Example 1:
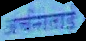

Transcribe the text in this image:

अर्चनाबाई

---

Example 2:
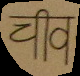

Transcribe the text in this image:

चीव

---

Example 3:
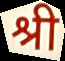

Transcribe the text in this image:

श्री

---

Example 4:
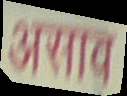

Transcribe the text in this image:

असाव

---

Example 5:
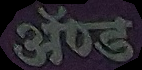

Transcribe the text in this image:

ॲण्ड